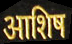
आशिष